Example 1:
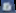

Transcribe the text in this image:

D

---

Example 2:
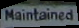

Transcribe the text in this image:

Maintained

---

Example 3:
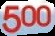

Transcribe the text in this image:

500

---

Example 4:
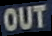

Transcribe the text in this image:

OUT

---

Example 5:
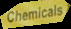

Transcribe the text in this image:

Chemicals